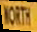
NORTH